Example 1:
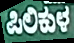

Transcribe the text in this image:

ಪಿಲಿಕುಳ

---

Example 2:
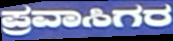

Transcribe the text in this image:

ಪ್ರವಾಸಿಗರ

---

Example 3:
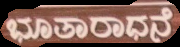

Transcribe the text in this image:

ಭೂತಾರಾಧನೆ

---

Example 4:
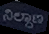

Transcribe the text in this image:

ನಿಲ್ದಾಣ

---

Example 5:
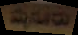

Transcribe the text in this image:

ಮಸ್ಮರು